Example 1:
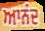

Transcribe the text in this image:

ਆਨੰਦ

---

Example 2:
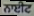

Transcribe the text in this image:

ਨਾਈਟ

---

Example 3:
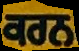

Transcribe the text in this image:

ਕਰਨ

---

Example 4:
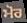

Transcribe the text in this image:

ਮੋਰ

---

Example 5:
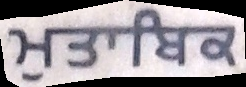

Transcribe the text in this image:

ਮੁਤਾਬਿਕ